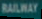
RAILWAY